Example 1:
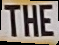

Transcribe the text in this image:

THE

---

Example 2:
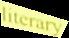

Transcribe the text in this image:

literary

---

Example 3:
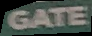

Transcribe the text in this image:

GATE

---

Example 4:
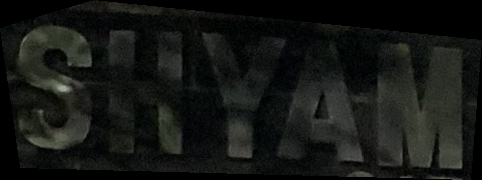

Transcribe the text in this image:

SHYAM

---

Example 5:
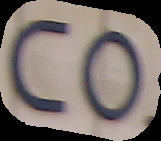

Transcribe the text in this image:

CO